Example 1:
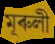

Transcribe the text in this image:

মূৰুলী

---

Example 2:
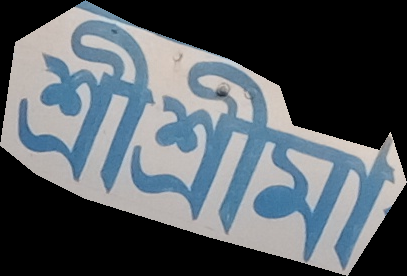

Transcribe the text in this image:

শ্ৰীশ্ৰীমা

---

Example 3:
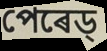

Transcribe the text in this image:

পেৰেড্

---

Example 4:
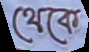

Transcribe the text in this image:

থেকে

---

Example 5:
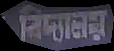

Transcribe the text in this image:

বিদ্যালয়